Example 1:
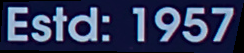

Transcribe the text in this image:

Estd:1957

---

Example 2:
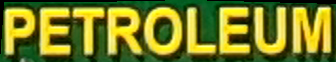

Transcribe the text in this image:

PETROLEUM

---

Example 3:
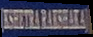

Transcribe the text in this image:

(KSHETRA RAKSHAKA)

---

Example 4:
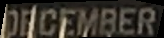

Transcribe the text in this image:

DECEMBER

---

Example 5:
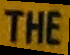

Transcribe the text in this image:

THE